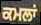
ਕਮਲਾਂ